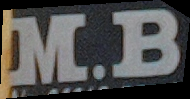
M.B